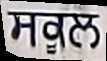
ਸਕੂਲ